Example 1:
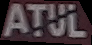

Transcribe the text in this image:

ATUL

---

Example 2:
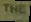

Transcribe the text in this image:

THE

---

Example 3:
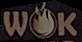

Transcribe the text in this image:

WOK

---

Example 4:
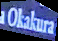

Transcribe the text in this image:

Okakura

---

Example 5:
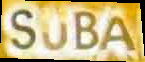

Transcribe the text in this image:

SUBA